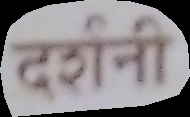
दर्शनी